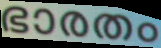
ഭാരതം